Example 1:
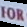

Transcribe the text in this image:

FOR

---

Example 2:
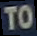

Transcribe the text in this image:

TO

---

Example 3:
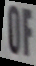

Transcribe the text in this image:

OF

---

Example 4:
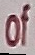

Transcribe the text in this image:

of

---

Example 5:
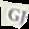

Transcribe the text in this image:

GJ